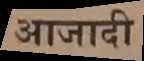
आजादी